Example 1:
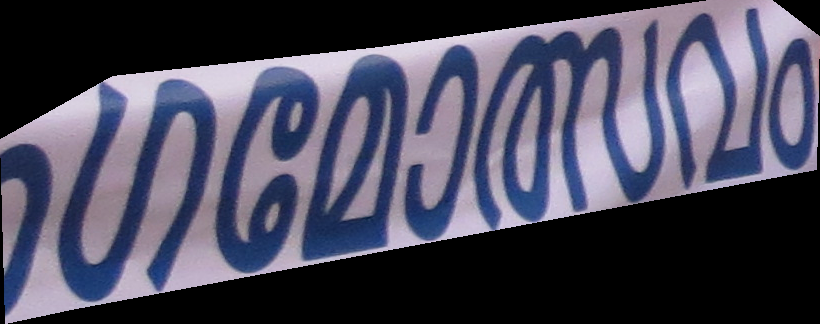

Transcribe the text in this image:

ഗമോത്സവം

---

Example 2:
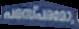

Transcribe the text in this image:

പരസ്‌പരമോ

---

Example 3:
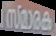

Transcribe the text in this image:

സ്മാരക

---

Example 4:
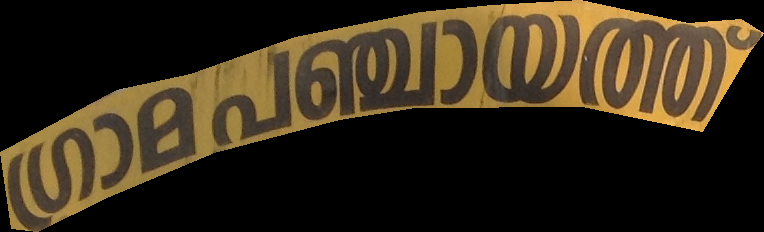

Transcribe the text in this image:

ഗ്രാമപഞ്ചായത്ത്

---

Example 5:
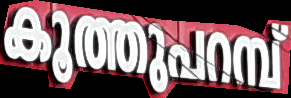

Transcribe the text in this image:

കൂത്തുപറമ്പ്